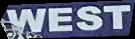
WEST